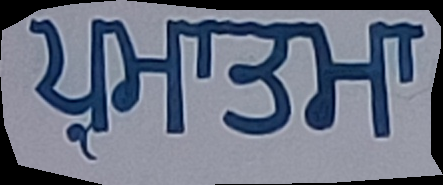
ਪ੍ਰਮਾਤਮਾ